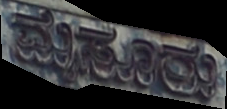
ಮ್ರಸೂಮ